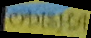
ODISHA